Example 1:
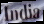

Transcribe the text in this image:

India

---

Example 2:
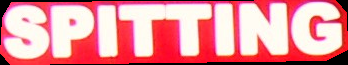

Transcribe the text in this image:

SPITTING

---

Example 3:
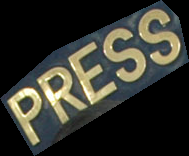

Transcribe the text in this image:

PRESS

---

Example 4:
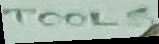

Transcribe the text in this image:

TOOLS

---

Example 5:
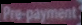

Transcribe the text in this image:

Pre-payment